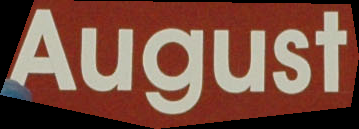
August